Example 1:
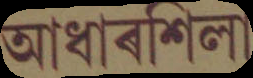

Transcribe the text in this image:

আধাৰশিলা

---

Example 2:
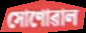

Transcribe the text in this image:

সোণোৱাল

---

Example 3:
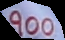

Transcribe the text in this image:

৭০০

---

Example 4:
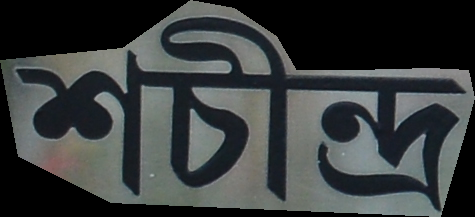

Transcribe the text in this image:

শচীন্দ্ৰ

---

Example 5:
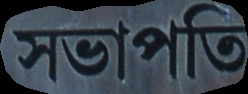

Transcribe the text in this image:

সভাপতি